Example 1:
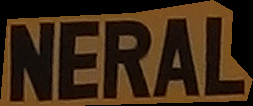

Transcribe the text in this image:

NERAL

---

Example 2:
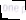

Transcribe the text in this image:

one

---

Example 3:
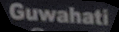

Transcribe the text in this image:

Guwahati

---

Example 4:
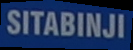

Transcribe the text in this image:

SITABINJI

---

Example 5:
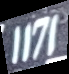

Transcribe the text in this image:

1171